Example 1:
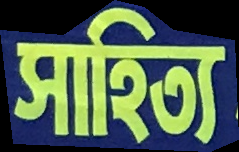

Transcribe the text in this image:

সাহিত্য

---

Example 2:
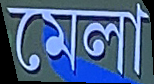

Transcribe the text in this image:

মেলা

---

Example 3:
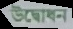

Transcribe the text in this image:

উদ্বোধন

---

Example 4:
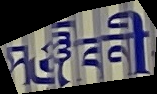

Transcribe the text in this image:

সঞ্জীবনী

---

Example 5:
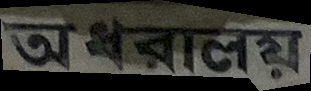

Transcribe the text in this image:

অধরালয়